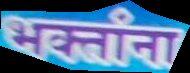
भक्तांना